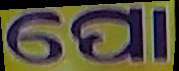
ପୋ